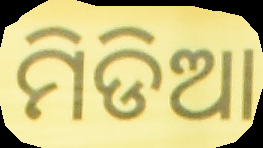
ମିଡିଆ